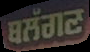
ਬਲੱਗਣ